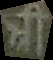
श्री